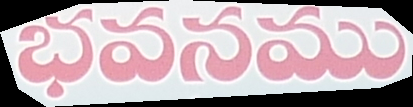
భవనము